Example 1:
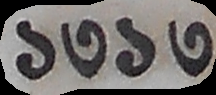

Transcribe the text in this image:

১৩১৩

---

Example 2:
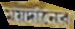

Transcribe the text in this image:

ময়দানের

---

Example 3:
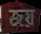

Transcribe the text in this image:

জয়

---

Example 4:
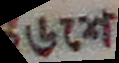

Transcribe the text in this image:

৬শে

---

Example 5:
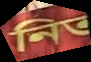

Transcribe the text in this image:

নিত